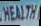
HEALTH